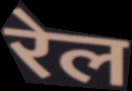
रेल